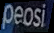
pepsi